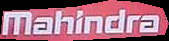
Mahindra